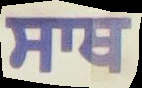
ਸਾਥ